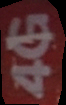
4G